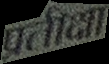
प्रतीक्षा